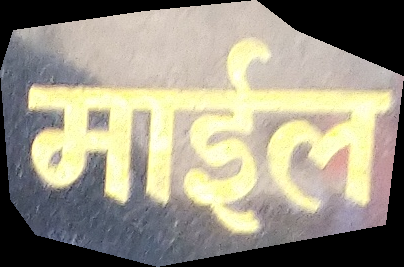
माईल